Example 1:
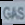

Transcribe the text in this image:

GAS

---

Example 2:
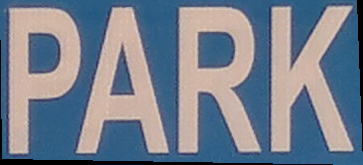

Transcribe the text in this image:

PARK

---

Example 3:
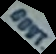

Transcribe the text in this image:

GOVT.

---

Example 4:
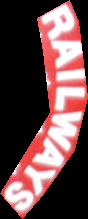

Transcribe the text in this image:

RAILWAYS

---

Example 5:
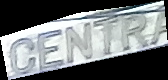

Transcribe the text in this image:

CENTRA